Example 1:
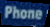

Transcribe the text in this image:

Phone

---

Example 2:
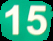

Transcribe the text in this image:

15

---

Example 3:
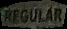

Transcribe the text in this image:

REGULAR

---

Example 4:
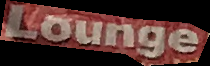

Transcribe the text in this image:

Lounge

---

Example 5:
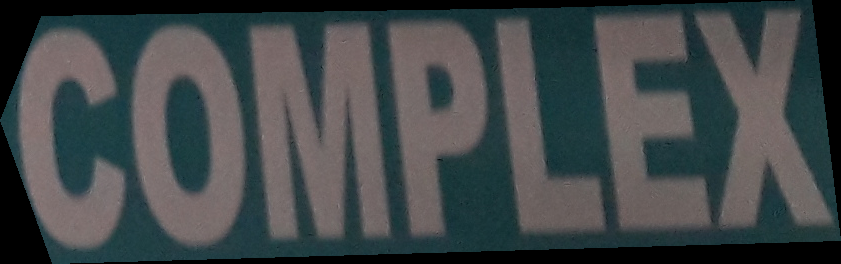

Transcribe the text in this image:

COMPLEX